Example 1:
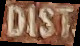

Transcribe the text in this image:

DIST.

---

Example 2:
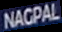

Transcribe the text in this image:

NAGPAL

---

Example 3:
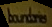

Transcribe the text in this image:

boundaries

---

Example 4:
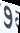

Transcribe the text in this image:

9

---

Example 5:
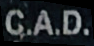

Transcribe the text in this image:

C.A.D.